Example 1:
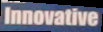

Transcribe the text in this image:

Innovative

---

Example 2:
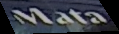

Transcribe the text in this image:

Mata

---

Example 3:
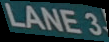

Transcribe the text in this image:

LANE3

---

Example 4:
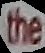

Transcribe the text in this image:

the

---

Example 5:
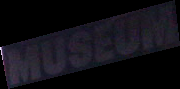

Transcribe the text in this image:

MUSEUM